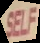
SELF